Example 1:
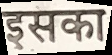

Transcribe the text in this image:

इसका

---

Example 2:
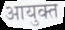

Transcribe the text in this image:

आयुक्त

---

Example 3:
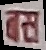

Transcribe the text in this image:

बस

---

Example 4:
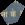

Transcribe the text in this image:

ना के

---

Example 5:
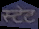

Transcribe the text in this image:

स्‍टेट